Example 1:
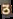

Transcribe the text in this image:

ठ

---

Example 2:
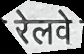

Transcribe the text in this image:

रेलवे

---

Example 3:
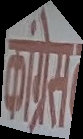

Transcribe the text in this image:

कांग्रेस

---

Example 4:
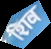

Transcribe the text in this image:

शिव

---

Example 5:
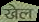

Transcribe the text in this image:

खेल